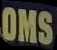
OMS